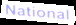
National